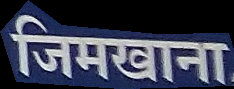
जिमखाना